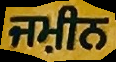
ਜਸ਼ੀਨ